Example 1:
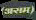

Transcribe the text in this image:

(असम)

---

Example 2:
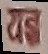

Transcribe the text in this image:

यज्ञ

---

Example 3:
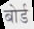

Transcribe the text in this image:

बोर्ड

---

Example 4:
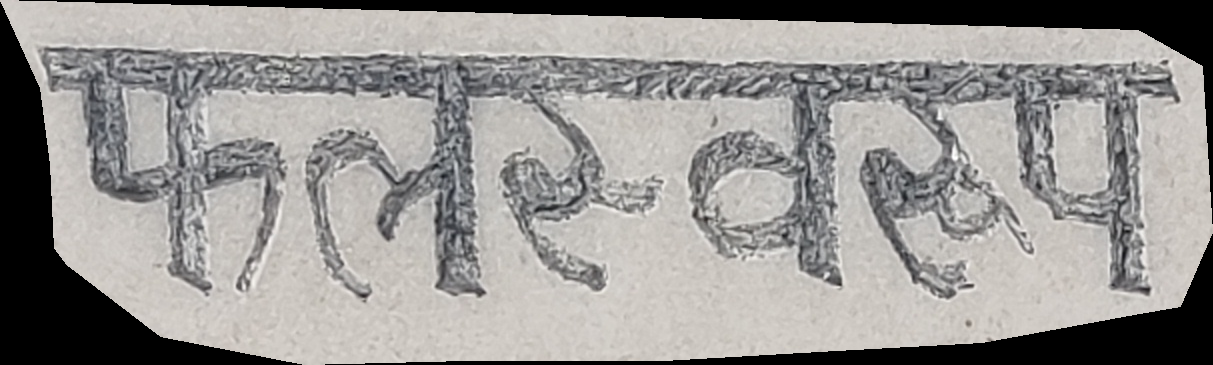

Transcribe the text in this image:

फलस्वरूप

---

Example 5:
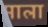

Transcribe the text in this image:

माला